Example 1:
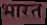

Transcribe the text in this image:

भारत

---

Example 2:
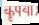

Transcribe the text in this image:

कृपया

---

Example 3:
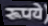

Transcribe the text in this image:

रूपये)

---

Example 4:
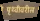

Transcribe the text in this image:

पृथ्वीवरील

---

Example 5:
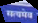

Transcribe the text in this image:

सत्यमेव